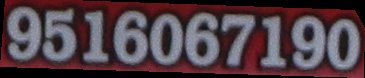
9516067190